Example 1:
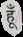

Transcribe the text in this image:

हूँ।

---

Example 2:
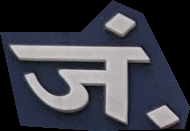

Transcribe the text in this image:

जं.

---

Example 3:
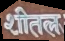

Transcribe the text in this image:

शीतल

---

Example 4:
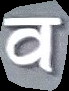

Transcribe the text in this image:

व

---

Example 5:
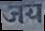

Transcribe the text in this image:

जय